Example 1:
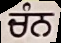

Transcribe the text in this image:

ਚੰਨ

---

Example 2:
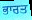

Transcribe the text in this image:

ਭਾਰਤ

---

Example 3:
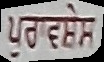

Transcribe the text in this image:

ਪੁਰਾਵਸ਼ੇਸ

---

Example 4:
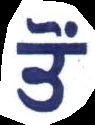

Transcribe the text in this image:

ਤੋਂ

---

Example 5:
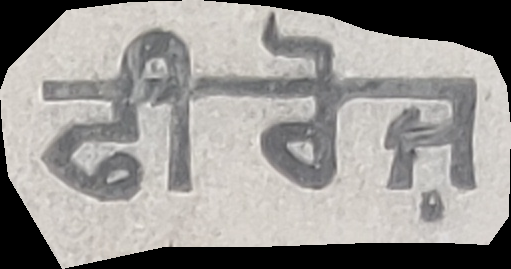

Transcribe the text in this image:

ਫੀਰੋਜ਼